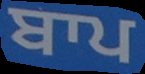
ਬਾਪ